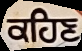
ਕਹਿਣ